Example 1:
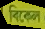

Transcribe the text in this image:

বিকেল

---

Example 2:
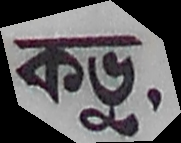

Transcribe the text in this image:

কড়ু,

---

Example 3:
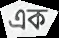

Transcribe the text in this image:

এক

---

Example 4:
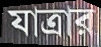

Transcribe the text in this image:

যাত্রার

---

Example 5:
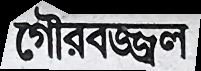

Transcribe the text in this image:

গৌরবজ্জ্বল